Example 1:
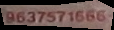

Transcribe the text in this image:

9637571666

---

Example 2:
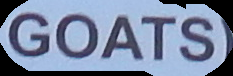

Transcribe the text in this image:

GOATS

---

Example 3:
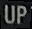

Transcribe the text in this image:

UP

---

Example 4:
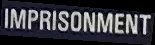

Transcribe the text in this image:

IMPRISONMENT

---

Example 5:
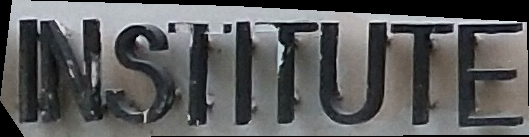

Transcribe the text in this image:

INSTITUTE